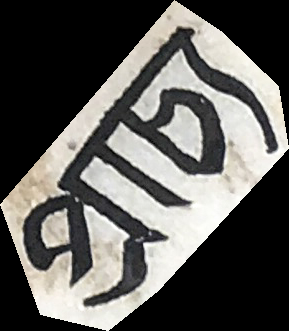
প্রাচ্য